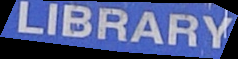
LIBRARY